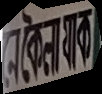
নকৈনাযাক